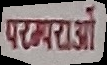
परम्पराओं